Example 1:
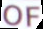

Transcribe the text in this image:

OF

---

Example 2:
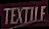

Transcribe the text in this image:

TEXTILE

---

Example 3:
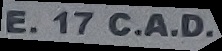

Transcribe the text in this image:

E.17C.A.D.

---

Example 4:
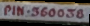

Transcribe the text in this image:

PIN-360038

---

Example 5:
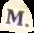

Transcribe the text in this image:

M.